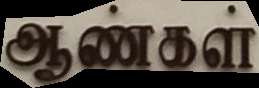
ஆண்கள்